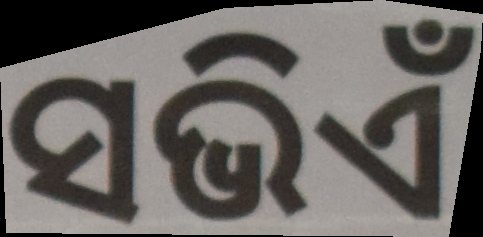
ସଭିଏଁ